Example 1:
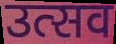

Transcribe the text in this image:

उत्सव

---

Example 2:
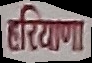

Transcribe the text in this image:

हरियाणा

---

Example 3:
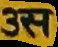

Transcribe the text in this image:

उस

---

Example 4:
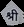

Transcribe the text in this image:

श्री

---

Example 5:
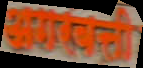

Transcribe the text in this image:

अगरबत्ती